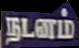
நடனம்